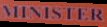
MINISTER